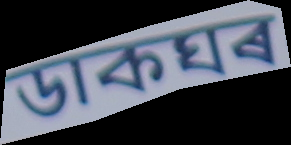
ডাকঘৰ